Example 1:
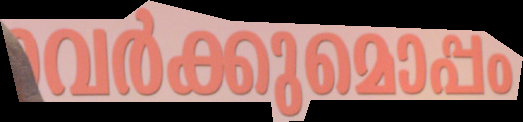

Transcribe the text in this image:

വെർക്കുമൊപ്പം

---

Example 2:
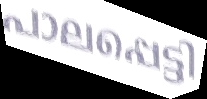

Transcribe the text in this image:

പാലപ്പെട്ടി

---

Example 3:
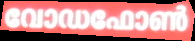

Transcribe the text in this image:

വോഡഫോൺ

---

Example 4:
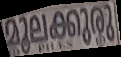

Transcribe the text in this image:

മൂലക്കുരു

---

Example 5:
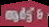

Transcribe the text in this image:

ആർട്ട് &